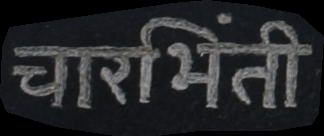
चारभिंती